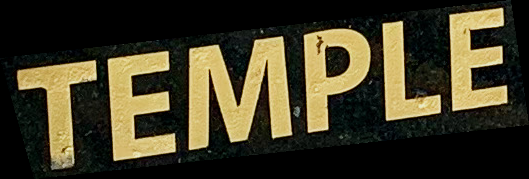
TEMPLE